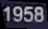
1958